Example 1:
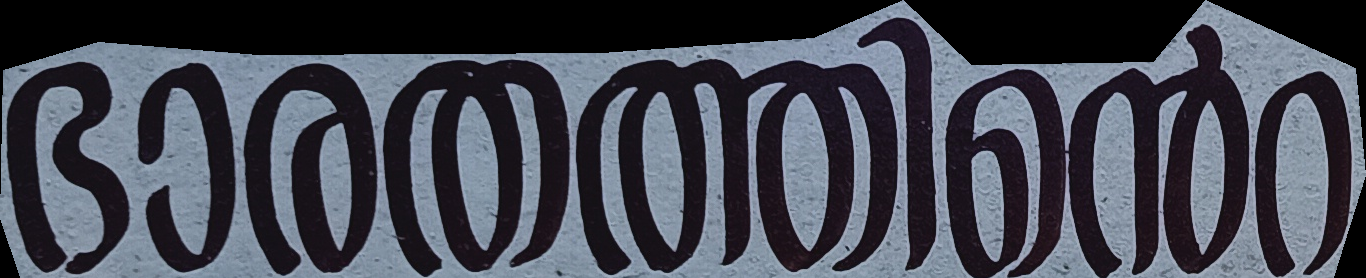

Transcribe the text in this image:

ഭാരതത്തിൻെറ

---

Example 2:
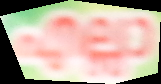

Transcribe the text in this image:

എല്ലാ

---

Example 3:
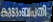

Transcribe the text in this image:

കുടാംബപതി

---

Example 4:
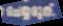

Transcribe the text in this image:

ചെയ്യരുത്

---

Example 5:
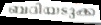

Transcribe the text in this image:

ബദിയടുക്ക